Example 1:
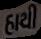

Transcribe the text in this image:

હાથી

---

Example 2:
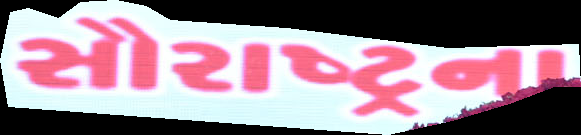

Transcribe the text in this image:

સૌરાષ્ટ્રના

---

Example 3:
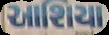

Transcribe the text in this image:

આશિયા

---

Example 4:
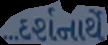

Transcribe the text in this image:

દર્શનાર્થે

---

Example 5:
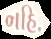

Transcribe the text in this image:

નહિ.